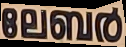
ലേബർ